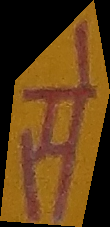
से